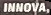
INNOVA,